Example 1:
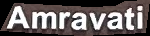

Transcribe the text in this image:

Amravati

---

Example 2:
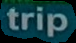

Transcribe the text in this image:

trip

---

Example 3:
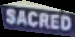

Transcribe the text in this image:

SACRED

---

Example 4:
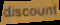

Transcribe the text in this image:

discount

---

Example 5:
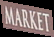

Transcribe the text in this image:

MARKET